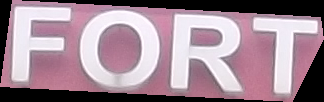
FORT